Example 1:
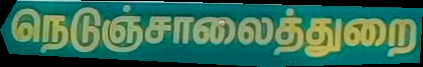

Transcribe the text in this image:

-நெடுஞ்சாலைத்துறை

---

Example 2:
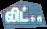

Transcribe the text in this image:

விட்..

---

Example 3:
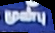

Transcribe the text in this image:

முன்பு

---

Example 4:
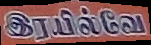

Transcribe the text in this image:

இரயில்வே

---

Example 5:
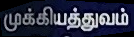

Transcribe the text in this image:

முக்கியத்துவம்